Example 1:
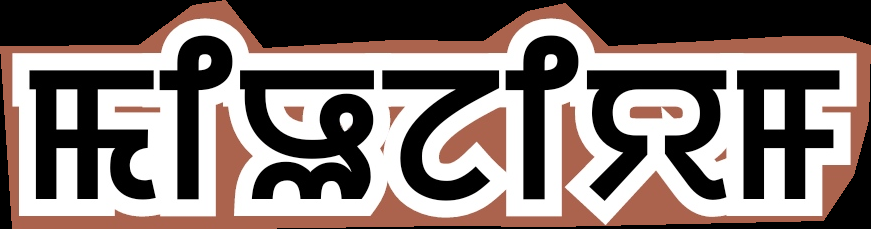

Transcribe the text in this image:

ꯃꯤꯎꯖꯤꯌꯝ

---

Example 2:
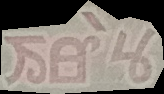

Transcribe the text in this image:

ꯏꯔ ꯥꯠ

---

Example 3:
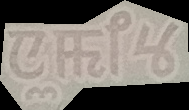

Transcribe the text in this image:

ꯅꯨꯃꯤꯠ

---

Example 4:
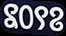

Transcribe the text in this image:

꯲꯰꯱꯴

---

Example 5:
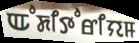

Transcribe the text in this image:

ꯑꯣꯗꯤꯇꯣꯔꯤꯌꯝ